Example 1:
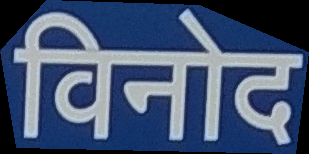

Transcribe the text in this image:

विनोद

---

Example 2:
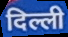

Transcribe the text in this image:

दिल्ली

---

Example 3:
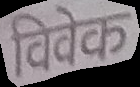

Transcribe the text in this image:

विवेक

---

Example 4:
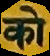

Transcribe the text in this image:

को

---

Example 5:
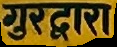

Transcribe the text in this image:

गुरद्वारा